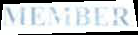
MEMBER